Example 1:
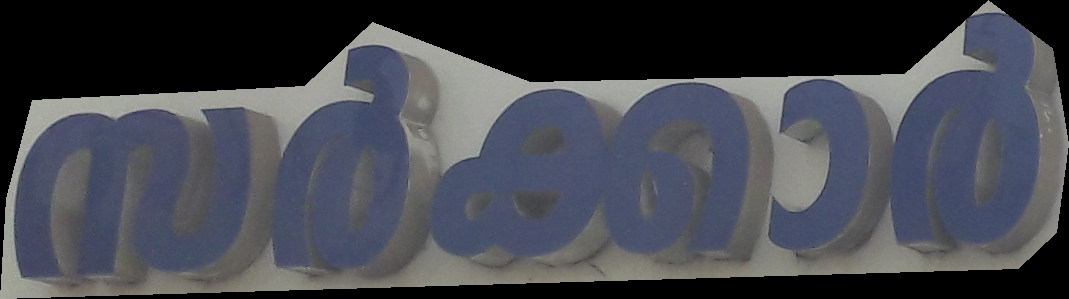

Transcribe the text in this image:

സർക്കാർ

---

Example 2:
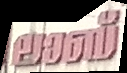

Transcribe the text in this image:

ലുബ്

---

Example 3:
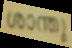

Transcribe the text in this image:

ശാന്തു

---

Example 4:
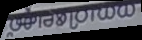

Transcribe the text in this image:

നമ്പറിലേക്ക്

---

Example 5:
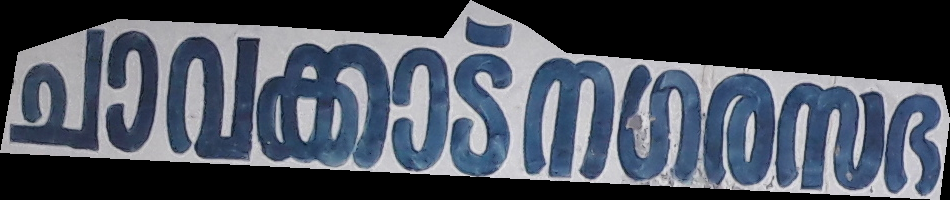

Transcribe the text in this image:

ചാവക്കാട് നഗരസഭ